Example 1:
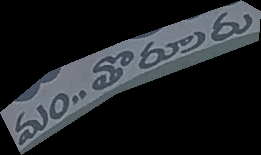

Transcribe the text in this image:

మం.. తొరూలరు.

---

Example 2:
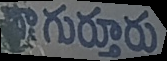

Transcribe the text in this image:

గుర్తూరు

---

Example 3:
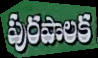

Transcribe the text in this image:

పురపాలక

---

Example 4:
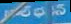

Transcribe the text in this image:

బాల్ భవన్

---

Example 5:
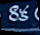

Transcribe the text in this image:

8క